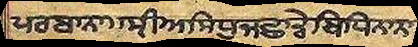
ਪਰਬਾਨਾ ਸ੍ਰੀਅਸਿਧੁਜਛਡੇਬਿਧਿਨਾਨਾ